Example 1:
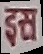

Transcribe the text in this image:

इस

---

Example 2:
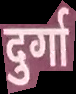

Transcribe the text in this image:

दुर्गा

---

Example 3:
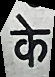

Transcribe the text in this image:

के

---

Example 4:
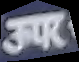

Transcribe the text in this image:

ऊपर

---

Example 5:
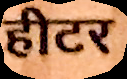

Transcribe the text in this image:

हीटर